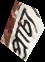
প্রাচা